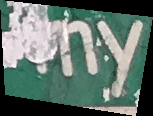
y